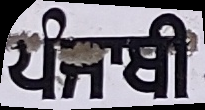
ਪੰਜਾਬੀ